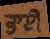
ਭਾਈ